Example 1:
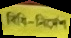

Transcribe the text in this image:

বিধি-নির্দেশ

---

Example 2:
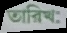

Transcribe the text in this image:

তারিখ:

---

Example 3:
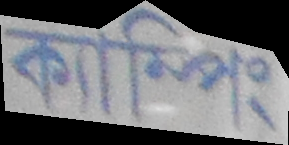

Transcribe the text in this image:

ক্যাম্পিং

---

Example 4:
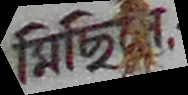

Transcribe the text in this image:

মিছি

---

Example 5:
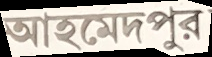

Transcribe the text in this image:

আহমেদপুর